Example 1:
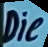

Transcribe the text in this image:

Die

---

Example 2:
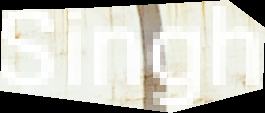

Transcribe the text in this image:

Singh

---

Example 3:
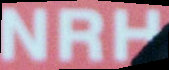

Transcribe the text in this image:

NRH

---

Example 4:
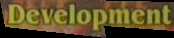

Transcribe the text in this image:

Development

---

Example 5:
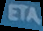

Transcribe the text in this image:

ETA